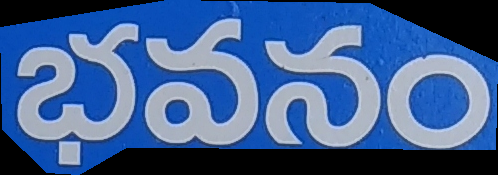
భవనం